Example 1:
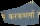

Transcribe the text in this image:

करकमलों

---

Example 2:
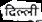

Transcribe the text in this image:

दिल्ली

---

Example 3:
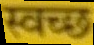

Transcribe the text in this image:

स्वच्छ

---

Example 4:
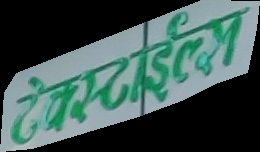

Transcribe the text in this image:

टेक्स्टाईल्स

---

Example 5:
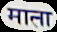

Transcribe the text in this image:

माता